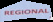
REGIONAL